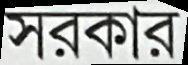
সরকার